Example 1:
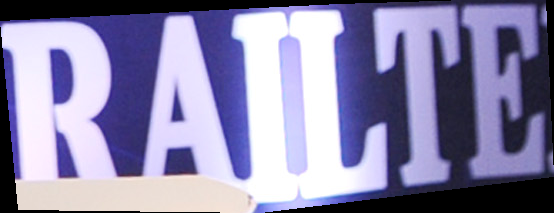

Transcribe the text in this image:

RAILTE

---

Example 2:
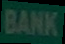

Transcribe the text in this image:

BANK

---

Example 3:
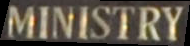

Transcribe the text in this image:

MINISTRY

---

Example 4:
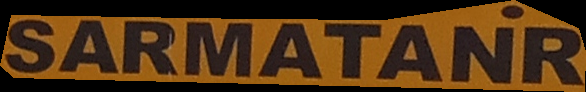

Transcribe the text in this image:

SARMATANR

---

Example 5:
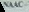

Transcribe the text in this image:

NAAC-